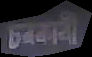
চৰকাৰী